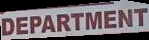
DEPARTMENT